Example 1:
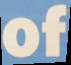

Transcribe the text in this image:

of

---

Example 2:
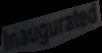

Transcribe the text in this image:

Inaugurated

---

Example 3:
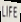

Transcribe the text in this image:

LIFE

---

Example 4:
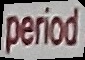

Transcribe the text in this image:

period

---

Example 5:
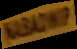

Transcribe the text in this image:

NABADWIP